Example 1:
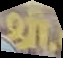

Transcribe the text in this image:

श्री.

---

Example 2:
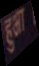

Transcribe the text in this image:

हुआ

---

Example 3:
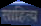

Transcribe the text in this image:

साहित्य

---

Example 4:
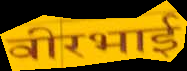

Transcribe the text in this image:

वीरभाई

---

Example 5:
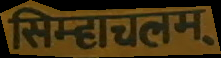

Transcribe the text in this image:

सिम्हाचलम्